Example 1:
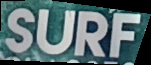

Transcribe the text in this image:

SURF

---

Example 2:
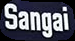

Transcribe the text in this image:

Sangai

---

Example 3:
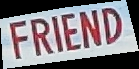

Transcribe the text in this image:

FRIEND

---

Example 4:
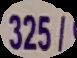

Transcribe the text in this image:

325/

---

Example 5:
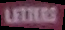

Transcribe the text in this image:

LETTERS